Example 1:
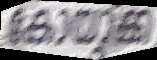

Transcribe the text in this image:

കോയൂക്ക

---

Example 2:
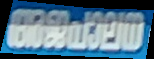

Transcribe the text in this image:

അജപാലന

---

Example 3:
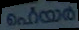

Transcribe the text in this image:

ഹെയർ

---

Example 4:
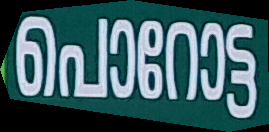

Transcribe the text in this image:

പൊറോട്ട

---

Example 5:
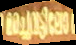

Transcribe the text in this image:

മരച്ചവട്ടിലോ